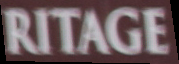
RITAGE